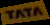
TATA